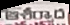
ఆశీర్వాద